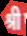
श्री